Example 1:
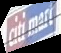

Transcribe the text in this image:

citimart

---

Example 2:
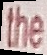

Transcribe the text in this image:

101੦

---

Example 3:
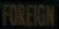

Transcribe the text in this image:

FOREIGN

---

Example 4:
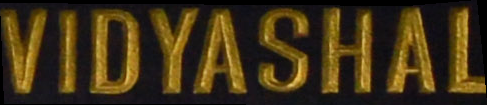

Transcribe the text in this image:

VIDYASHAL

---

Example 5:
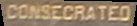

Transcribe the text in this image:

CONSECRATED